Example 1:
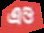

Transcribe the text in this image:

এণ্ড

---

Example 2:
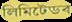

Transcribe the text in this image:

লিমিটেডব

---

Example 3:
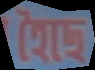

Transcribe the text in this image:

হৈাছ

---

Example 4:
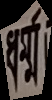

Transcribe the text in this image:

ধৰ্ম্ম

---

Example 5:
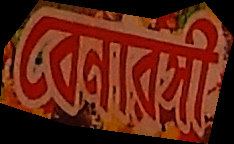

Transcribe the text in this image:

বেনারসী